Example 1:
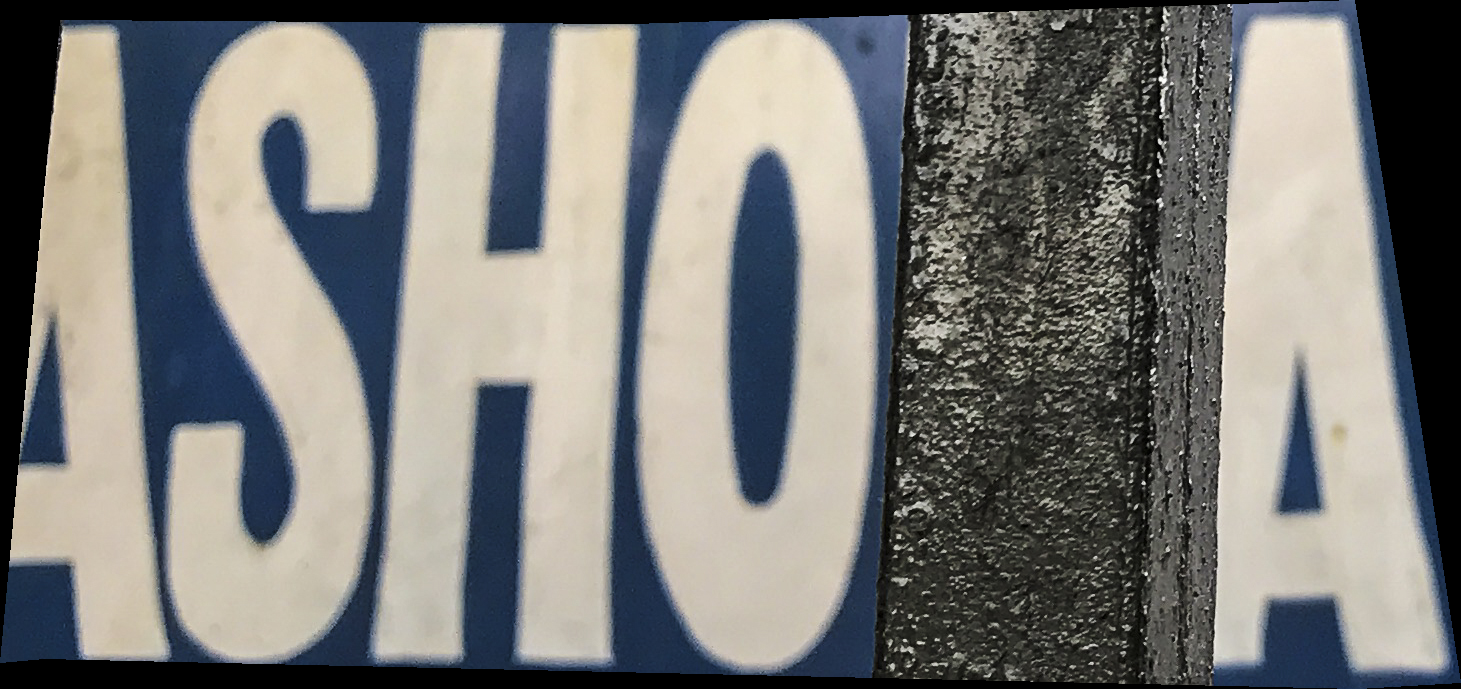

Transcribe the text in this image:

ASHOKA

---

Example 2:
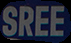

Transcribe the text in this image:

SREE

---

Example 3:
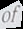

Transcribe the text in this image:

of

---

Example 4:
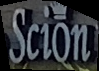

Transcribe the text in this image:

Scion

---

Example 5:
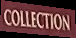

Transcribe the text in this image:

COLLECTION